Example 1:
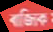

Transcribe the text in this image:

ৰাজ্যিক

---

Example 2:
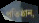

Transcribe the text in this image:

পতিষ্ঠান,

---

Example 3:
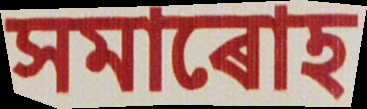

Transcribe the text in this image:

সমাৰোহ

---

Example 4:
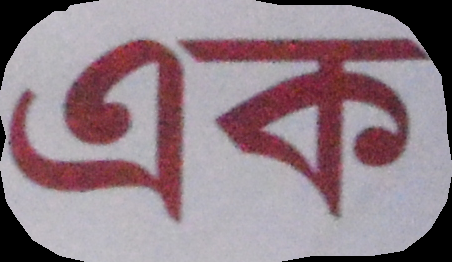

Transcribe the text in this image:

এক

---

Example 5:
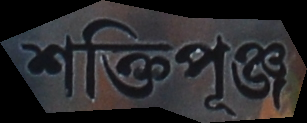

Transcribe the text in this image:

শক্তিপূঞ্জ